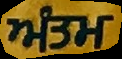
ਅੰਤਮ